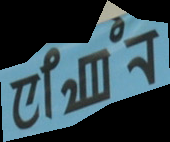
ꯅꯤꯉꯦꯜ